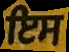
ਇਸ